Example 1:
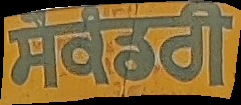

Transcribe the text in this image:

ਸੈਕੰਡਰੀ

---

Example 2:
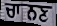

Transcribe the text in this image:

ਚਾਨਣ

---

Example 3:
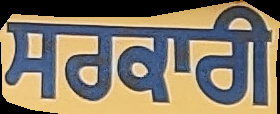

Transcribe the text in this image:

ਸਰਕਾਰੀ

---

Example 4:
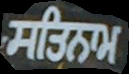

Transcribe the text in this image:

ਸਤਿਨਾਮ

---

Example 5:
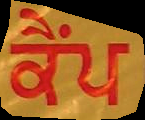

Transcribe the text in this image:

ਕੈਂਪ